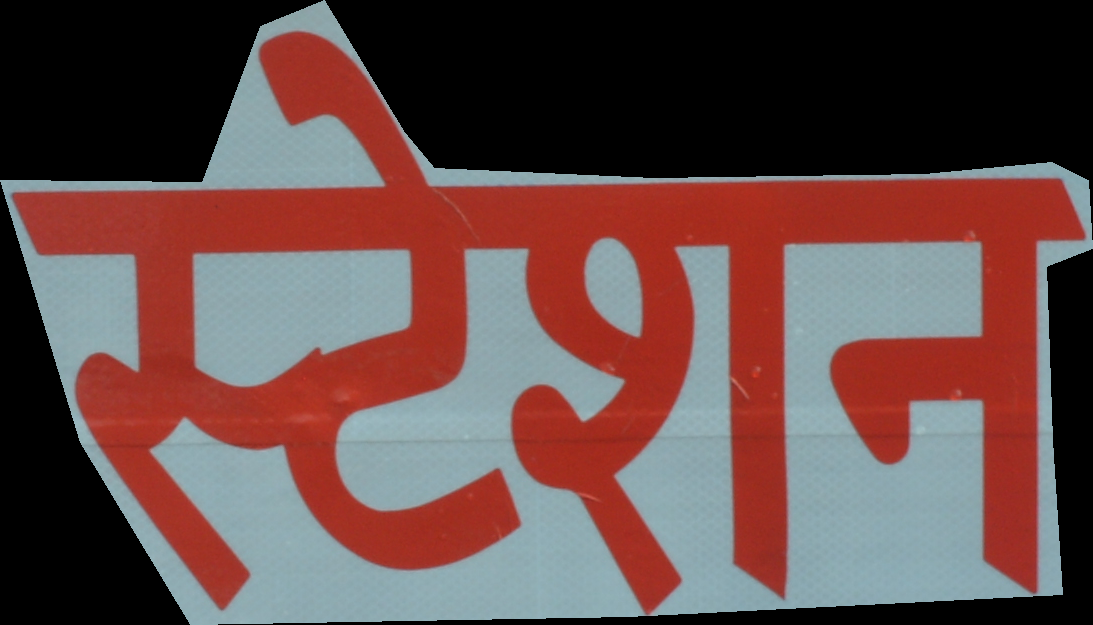
स्टेशन